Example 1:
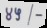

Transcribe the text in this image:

४५ /-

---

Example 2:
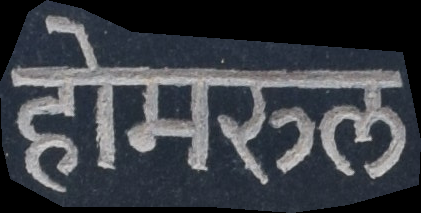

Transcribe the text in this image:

होमरुल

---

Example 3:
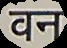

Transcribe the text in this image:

वन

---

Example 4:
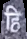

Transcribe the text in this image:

हि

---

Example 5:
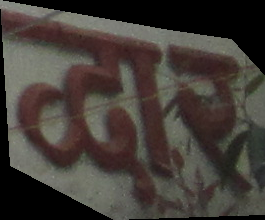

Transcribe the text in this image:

द्वार